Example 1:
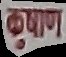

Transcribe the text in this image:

कुषाण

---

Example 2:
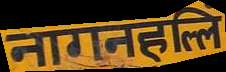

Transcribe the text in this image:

नागनहल्लि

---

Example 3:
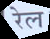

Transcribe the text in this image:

रेल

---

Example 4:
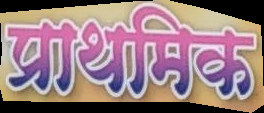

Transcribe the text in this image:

प्राथमिक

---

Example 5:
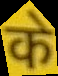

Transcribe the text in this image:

केे